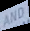
AND